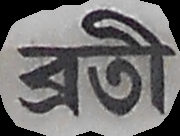
ব্রতী